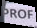
PROF